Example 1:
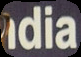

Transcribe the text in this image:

dia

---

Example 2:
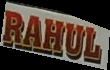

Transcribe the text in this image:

RAHUL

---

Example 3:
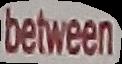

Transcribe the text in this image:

between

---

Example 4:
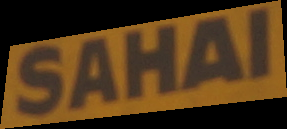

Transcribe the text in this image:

SAHAI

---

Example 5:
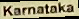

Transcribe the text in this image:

Karnataka